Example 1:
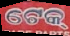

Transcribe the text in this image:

ଟେକ୍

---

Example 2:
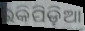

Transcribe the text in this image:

ଇକିପିଡ଼ିଆ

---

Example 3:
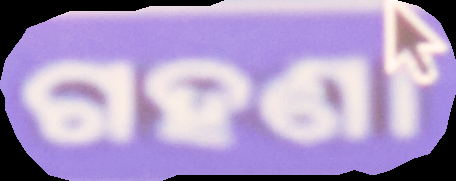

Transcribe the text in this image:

ଗହଣା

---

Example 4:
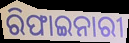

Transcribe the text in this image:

ରିଫାଇନାରୀ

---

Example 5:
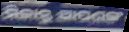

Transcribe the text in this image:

ମିଳାନ୍ତୁ ଆପଣଙ୍କ